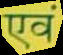
एवं